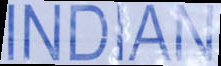
INDIAN